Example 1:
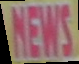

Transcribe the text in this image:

NEWS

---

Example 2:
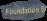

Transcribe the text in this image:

FoundationSt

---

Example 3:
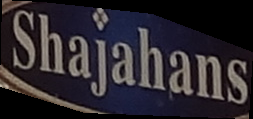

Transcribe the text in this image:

Shajahans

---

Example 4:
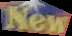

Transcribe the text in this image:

New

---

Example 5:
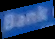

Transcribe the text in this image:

Bank